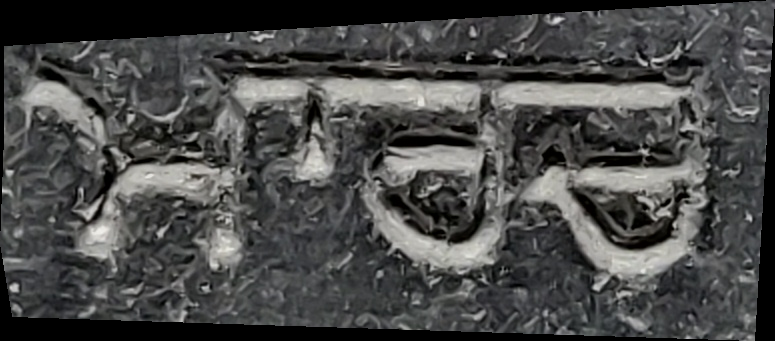
ਮਾਰਚ